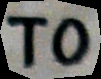
TO